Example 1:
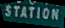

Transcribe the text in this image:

STATION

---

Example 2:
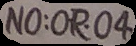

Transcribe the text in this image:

NO:OR-04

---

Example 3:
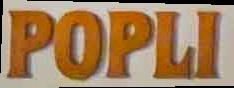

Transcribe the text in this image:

POPLI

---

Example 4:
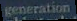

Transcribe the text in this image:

generation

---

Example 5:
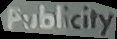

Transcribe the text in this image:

Publicity